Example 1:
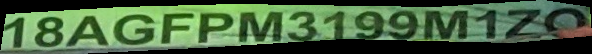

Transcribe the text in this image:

18AGFPM3199M1ZO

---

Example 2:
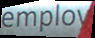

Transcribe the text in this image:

employ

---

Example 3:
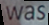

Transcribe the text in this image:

was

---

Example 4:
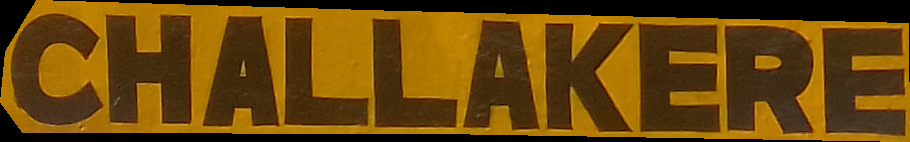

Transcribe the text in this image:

CHALLAKERE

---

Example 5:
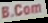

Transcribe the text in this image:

B.Com